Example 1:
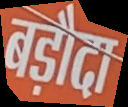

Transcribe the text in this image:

बड़ौदा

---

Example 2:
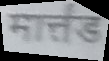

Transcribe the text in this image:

मार्त्तड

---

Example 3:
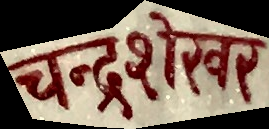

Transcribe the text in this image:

चन्द्रशेखर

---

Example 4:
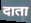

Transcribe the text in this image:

दाता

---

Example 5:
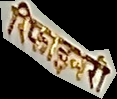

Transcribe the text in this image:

रिफाइनरी